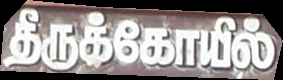
திருக்கோயில்